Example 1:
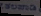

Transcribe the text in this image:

suma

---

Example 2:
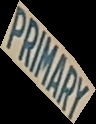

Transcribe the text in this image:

PRIMARY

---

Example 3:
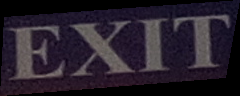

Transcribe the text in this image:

EXIT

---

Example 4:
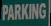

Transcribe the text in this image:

PARKING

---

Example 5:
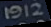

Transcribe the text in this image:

1912